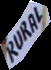
RURAL